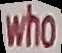
who